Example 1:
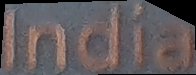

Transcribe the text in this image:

India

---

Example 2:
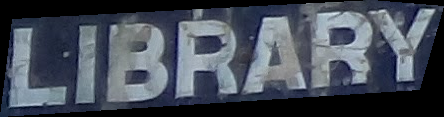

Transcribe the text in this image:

LIBRARY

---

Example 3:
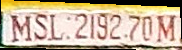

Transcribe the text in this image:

MSL:2192.70M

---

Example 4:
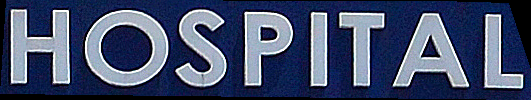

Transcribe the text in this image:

HOSPITAL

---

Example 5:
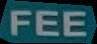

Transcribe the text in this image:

FEE